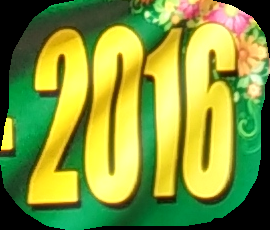
2016